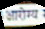
आरोग्य